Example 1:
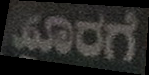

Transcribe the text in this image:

ಹೊರಗೆ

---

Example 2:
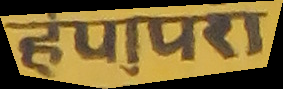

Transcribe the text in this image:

೯೪೪೧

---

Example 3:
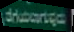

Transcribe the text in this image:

ಡೆಗೆಯವಾಗುವುದ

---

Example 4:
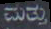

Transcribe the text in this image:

ಮತ್ತು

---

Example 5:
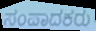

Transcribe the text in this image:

ಸಂಪಾದಕರು